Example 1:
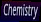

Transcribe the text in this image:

Chemistry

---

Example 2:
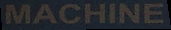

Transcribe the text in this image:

MACHINE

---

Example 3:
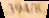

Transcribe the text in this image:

394/8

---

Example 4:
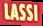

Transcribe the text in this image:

LASSI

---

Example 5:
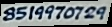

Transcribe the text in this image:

8519970729